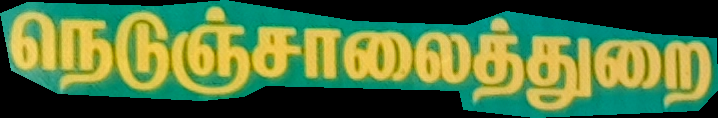
நெடுஞ்சாலைத்துறை